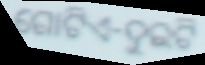
ଗୋଟିଏ-ଦୁଇଟି